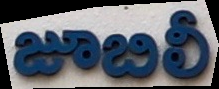
జూబిలీ